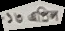
১৩ এপ্রিল